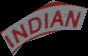
INDIAN